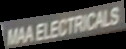
MAAELECTRICALS